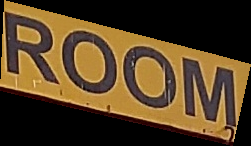
ROOM